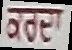
ਕਰਦਾ